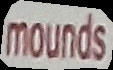
mounds